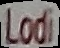
Lodi